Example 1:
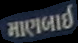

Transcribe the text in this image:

માણબાઇ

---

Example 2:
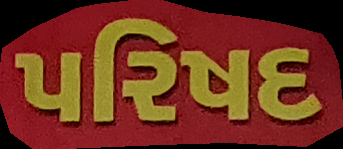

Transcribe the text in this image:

પરિષદ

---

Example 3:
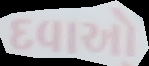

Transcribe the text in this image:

દવાઓ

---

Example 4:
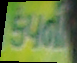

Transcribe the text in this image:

કંપની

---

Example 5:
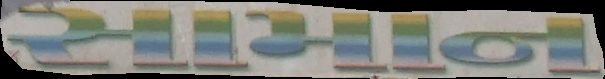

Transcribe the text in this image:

સામાન